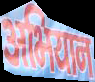
अभियान